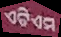
ଏଚିଏମ